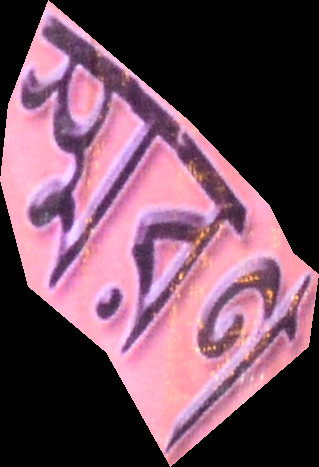
স্মরণ